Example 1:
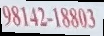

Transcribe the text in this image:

98142-18803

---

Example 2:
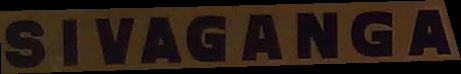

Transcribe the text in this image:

SIVAGANGA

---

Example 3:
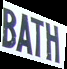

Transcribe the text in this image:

BATH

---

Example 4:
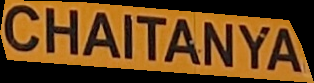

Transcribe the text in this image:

CHAITANYA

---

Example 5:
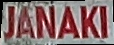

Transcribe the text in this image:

JANAKI